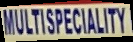
MULTISPECIALITY